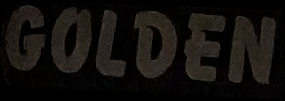
GOLDEN